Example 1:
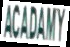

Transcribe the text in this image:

ACADAMY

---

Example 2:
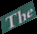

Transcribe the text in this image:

The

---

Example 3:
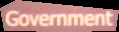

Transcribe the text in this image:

Government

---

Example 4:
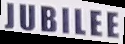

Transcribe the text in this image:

JUBILEE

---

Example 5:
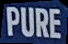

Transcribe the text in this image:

PURE